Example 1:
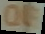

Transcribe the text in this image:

OF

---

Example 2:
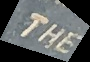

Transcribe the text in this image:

THE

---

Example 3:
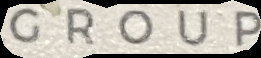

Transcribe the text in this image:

GROUP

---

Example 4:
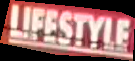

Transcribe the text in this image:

LIFESTYLE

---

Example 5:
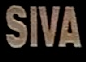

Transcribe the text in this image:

SIVA